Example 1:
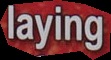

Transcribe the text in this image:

laying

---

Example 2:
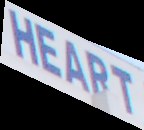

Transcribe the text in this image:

HEART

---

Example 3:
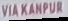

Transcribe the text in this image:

VIAKANPUR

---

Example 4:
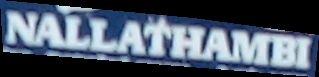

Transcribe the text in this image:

NALLATHAMBI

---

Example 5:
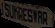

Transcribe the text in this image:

SUKRESWAR